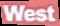
West